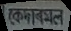
কেদাৰমল